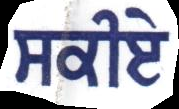
ਸਕੀਏ